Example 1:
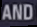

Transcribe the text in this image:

AND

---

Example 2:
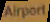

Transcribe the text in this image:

Airport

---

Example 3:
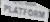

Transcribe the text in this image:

PLATFORM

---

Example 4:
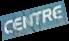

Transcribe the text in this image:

CENTRE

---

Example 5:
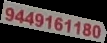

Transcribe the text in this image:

9449161180